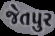
જેતપુર